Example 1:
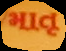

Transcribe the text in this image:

માતૂ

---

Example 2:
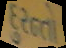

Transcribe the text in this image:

દુરસ્તો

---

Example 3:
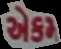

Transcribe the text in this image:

એકમ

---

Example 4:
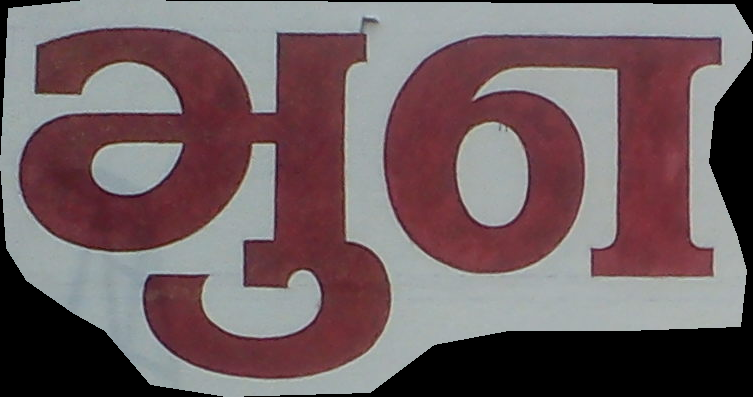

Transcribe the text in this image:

મુન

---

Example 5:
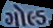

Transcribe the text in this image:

ગોલ્ડ